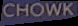
CHOWK